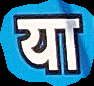
या